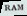
RAM